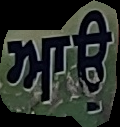
ਆਉ